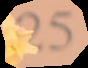
25